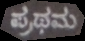
ಪ್ರಥಮ